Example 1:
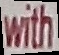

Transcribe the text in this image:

with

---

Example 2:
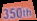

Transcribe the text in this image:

350th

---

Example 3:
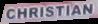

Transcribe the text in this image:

CHRISTIAN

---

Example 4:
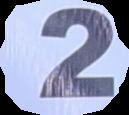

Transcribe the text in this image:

2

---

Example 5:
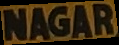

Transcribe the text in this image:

NAGAR